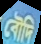
বৌদি